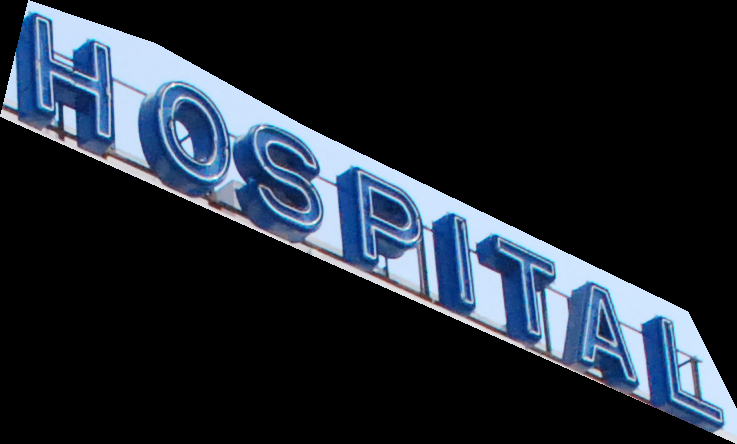
HOSPITAL